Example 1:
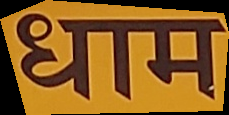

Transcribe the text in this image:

धाम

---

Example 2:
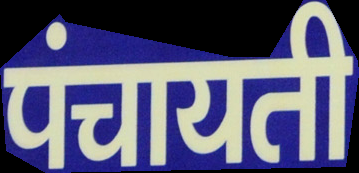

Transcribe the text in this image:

पंचायती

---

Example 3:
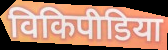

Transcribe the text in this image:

विकिपीडिया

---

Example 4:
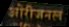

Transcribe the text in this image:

ओरीजनल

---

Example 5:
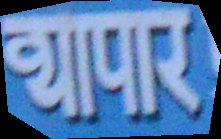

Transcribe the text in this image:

व्यापार